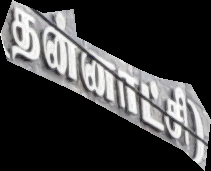
தன்னாட்சி)